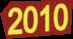
2010